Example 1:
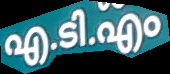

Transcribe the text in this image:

എ.ടി.എം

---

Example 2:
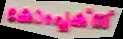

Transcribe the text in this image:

കോംപ്ലക്‌സ്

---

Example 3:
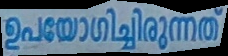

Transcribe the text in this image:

ഉപയോഗിച്ചിരുന്നത്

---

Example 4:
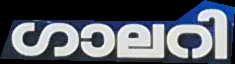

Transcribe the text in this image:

ഗാലറി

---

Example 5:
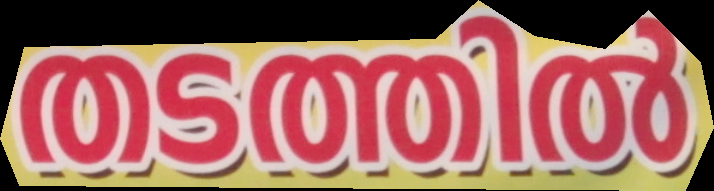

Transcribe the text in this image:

തടത്തിൽ